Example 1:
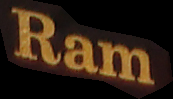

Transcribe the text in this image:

Ram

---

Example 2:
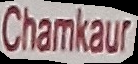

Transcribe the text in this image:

Chamkaur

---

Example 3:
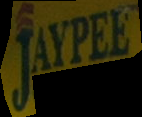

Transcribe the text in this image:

JAYPEE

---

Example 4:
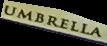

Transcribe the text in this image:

UMBRELLA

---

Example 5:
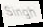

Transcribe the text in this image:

Singh